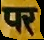
पर